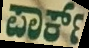
ಪಾಕ್೯